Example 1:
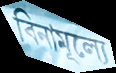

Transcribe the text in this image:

বিনামূল্যে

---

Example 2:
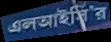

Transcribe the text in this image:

এলআইসি'র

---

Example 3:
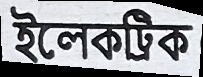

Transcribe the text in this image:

ইলেকট্রিক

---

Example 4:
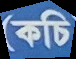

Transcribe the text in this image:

(কচি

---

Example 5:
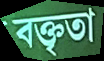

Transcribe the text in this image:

বক্তৃত৷